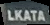
LKATA